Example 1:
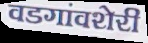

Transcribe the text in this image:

वडगांवशेरी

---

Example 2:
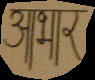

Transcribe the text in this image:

आभार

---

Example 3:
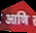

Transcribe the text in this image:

आणि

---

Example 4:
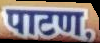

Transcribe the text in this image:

पाटण,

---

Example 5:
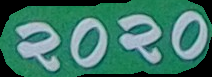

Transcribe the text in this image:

२०२०